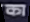
का